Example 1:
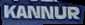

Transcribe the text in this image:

KANNUR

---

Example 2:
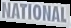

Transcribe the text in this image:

NATIONAL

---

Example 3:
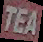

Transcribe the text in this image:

TEA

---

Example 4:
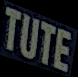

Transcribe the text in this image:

TUTE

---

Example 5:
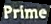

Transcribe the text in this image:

Prime